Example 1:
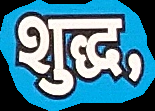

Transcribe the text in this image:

शुद्ध,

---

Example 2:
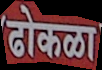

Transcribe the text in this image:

ढोकळा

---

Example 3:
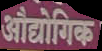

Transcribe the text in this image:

औद्योगिक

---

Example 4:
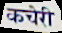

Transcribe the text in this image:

कचेरी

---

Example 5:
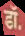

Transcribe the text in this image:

डॉ.